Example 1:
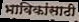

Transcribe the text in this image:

भाविकांसाठी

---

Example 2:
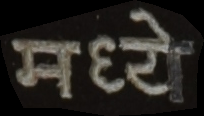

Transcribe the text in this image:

मध्ये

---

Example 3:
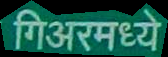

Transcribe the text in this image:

गिअरमध्ये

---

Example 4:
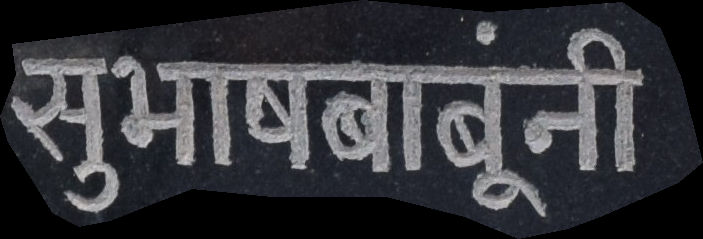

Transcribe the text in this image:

सुभाषबाबूंनी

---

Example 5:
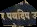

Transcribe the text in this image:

पथदिप